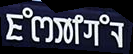
ꯐꯦꯁꯇꯤꯚꯦꯜ